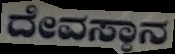
ದೇವಸ್ಥಾನ